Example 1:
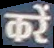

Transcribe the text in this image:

करें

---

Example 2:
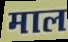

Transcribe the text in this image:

माल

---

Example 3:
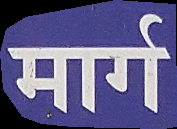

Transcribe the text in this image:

मार्ग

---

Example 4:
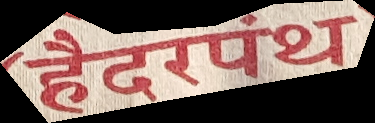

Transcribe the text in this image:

हैदरपंथ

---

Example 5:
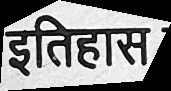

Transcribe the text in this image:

इतिहास